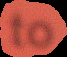
to